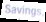
Savings,